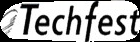
Techfest